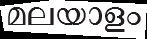
മലയാളം